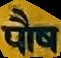
पौष